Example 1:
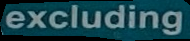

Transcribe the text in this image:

excluding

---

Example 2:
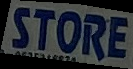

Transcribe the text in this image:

STORE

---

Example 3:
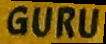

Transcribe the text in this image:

GURU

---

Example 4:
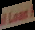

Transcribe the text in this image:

Loan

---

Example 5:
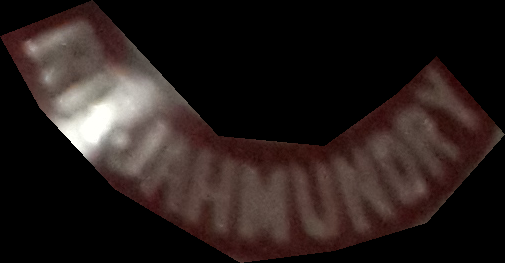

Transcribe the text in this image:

RAJAHMUNDRY